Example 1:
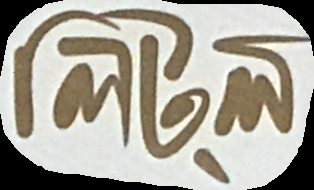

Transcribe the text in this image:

লিট্ল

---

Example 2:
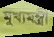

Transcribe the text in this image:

মুখ্যমন্ত্রী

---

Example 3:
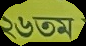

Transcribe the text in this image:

২৬তম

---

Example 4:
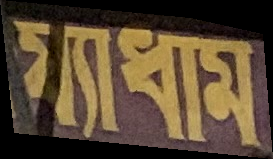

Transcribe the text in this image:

য্যাধাম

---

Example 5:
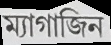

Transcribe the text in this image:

ম্যাগাজিন